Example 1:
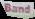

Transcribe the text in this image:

Band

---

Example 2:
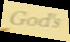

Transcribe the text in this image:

God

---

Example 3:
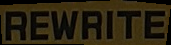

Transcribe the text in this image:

REWRITE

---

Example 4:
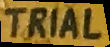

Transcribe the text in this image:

TRIAL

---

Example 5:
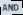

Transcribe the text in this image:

AND